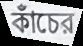
কাঁচের